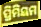
ପ୍ରିମିୟମ